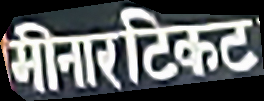
मीनारटिकट